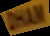
DHAM